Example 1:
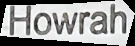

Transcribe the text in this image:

Howrah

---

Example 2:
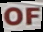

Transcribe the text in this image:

OF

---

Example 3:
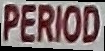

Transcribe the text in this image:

PERIOD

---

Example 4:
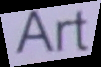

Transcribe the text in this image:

Art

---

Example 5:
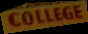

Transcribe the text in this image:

COLLEGE